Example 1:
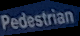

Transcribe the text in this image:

Pedestrian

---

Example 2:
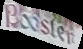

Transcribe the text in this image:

Booster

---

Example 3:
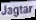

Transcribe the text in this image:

Jagtar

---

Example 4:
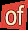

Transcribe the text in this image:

of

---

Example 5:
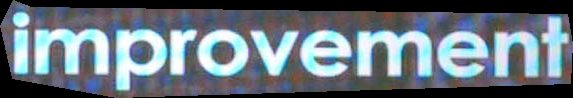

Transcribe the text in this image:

improvement